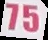
75